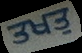
ਤਖਤੁ